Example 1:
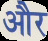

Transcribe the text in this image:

और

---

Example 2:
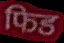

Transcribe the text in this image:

फिड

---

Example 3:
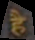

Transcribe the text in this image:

है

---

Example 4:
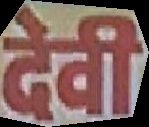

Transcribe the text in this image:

देवी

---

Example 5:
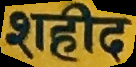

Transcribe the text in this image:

शहीद